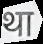
था